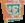
पत्र